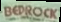
BEDROCK